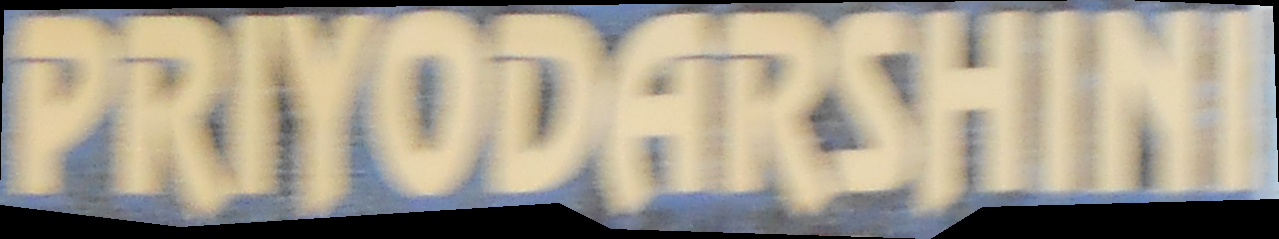
PRIYODARSHINI